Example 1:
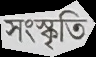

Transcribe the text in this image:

সংস্কৃতি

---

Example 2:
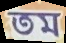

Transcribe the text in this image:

তম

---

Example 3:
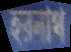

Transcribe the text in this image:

হরনাথ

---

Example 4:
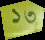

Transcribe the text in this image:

১৩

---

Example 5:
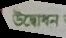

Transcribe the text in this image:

উদ্বোধন